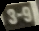
3-9